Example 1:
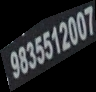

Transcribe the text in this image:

9835512007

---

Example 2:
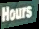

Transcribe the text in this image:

Hours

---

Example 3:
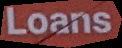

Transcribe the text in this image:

Loans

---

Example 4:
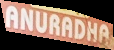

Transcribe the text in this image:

ANURADHA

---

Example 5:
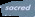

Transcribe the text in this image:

sacred